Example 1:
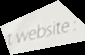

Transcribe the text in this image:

twebsite:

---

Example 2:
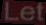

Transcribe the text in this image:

Let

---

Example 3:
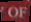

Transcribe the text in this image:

OF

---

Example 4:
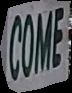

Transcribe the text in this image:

COME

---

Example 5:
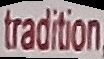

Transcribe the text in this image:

tradition